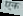
एक